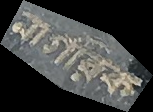
নাগরিক